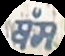
ਥੱਸ